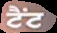
ਟੈਂਟ